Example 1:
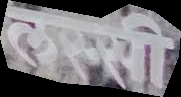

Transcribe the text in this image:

लस्सी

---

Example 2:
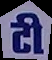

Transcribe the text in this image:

टी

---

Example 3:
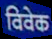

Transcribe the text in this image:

विवेक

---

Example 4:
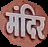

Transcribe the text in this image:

मंदिर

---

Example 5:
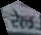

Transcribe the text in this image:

रेल